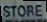
STORE